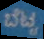
ಬೆಟ್ಟ